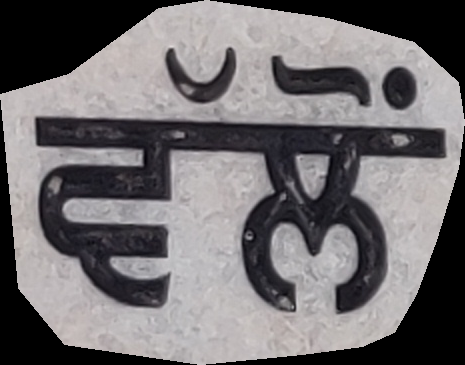
ਵੱਲੋਂ